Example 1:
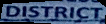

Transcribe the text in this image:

DISTRICT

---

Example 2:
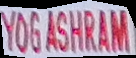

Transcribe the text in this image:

YOGASHRAM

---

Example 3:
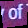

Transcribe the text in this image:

of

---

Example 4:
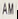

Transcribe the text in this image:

AM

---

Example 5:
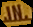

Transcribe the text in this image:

JN.